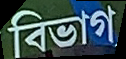
বিভাগ